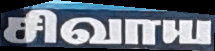
சிவாய